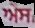
ਅੇਸ